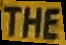
THE